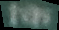
कि